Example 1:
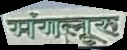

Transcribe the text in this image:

मंगलूर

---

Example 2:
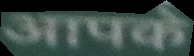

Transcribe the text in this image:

आपके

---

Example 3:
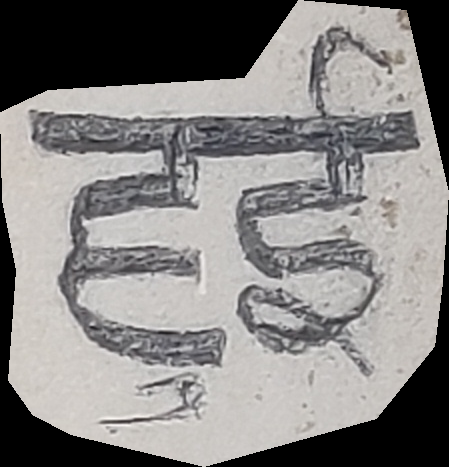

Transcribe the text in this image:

हुई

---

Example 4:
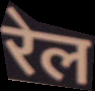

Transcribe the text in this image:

रेल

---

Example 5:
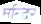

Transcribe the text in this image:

मन्दिर